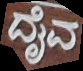
ದೈವ